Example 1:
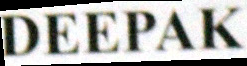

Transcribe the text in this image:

DEEPAK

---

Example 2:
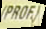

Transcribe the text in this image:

(PROF)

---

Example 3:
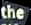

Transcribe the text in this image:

the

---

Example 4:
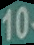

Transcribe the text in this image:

10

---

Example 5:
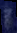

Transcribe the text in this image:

No